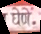
घेणे.